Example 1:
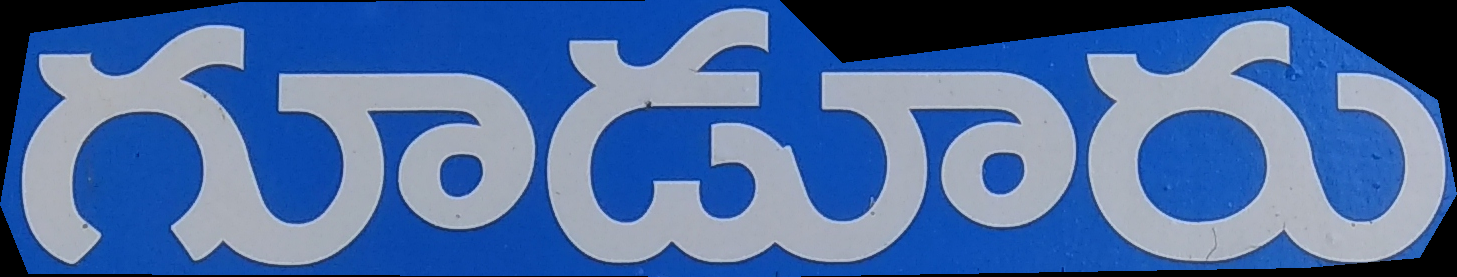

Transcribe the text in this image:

గూడూరు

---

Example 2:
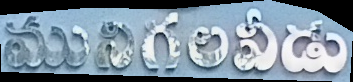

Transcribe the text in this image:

మునిగలవీడు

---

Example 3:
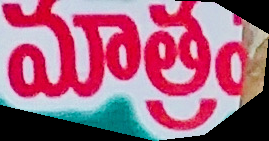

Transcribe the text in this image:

మాత్ర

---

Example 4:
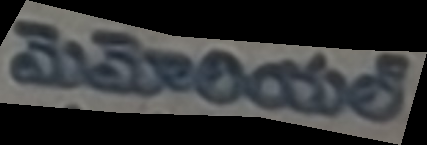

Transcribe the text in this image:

మెమోరియల్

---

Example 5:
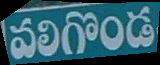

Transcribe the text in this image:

వలిగొండ